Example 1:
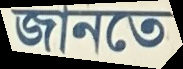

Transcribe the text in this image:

জানতে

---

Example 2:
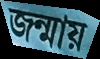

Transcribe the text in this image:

জন্মায়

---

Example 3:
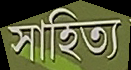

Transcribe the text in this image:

সাহিত্য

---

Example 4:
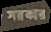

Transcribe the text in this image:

সরকার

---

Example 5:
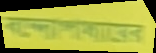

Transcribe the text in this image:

বন্দ্যোপাধ্যায়ের